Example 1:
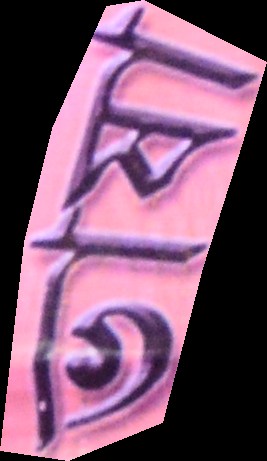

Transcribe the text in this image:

ভাষা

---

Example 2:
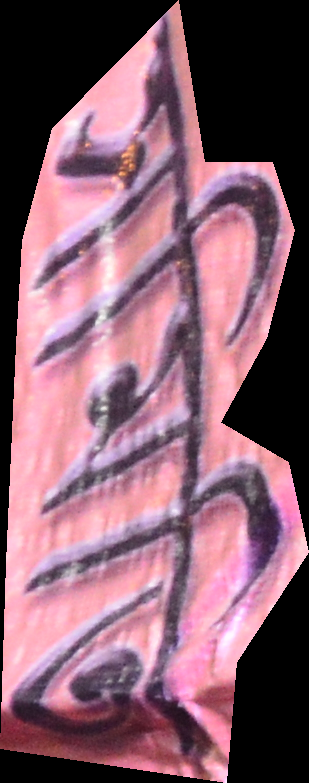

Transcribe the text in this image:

সমিতি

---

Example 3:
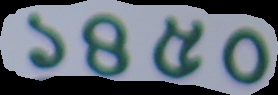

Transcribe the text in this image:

১৪৫০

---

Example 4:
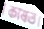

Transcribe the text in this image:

কাষত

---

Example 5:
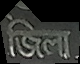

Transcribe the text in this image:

জিলা